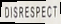
DISRESPECT